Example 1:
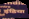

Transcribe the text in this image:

इंडिया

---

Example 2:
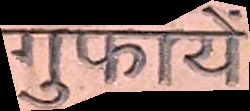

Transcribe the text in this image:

गुफायें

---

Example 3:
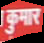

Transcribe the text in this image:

कुमार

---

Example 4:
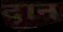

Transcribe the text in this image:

दान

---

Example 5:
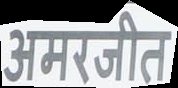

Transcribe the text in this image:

अमरजीत